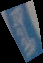
दिल्ली